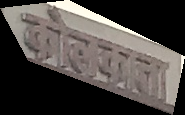
कोलकाता